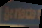
ಶ್ರೀಗಂದು